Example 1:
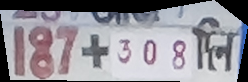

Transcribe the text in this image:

187+308 দিন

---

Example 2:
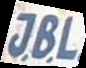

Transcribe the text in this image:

J.B.L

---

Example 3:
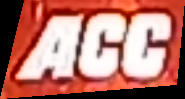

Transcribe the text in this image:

ACC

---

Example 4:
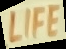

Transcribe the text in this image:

LIFE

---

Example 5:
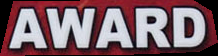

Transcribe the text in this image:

AWARD